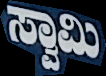
ಸ್ವಾಮಿ